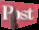
रेखंड